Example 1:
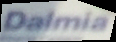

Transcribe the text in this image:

Dalmia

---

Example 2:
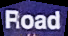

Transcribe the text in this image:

Road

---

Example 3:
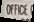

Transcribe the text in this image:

OFFICE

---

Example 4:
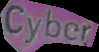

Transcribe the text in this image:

Cyber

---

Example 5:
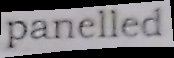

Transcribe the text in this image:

panelled